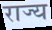
राज्य